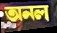
অনল